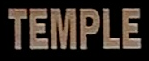
TEMPLE